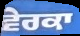
ਵੇਰਕਾ